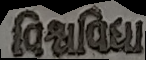
વિશ્વવિધા